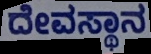
ದೇವಸ್ಥಾನ